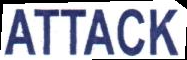
ATTACK